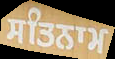
ਸਤਿਨਾਮ